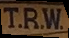
T.R.W.